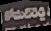
కోమదరెడ్డ